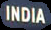
INDIA